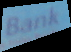
Bank